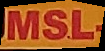
MSL